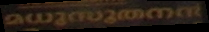
മധുസൂതനൻ